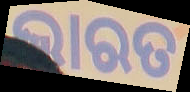
ଭାରତ